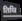
तिथि